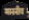
माननीय